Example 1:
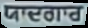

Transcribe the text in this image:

ਯਾਦਗਾਰ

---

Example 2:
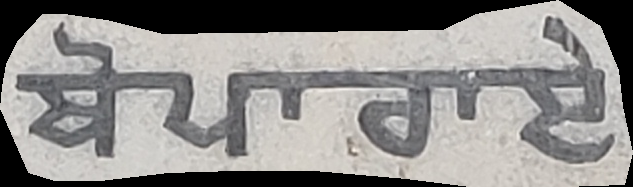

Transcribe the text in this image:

ਬੋਪਾਰਾਏ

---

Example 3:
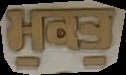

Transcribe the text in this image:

ਮੁਕਤੁ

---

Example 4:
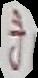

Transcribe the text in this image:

ਹੈ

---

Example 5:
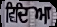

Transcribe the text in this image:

ਵਿਇਆ